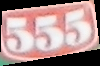
555